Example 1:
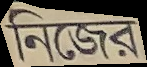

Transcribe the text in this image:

নিজের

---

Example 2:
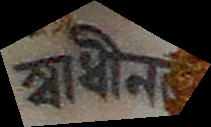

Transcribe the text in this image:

স্বাধীন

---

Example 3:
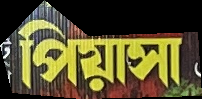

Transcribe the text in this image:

পিয়াসা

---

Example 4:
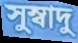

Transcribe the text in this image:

সুস্বাদু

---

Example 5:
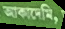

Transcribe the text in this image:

আকাদেমি,